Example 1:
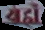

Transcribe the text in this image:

यहां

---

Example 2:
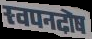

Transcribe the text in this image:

स्वपनदोष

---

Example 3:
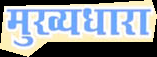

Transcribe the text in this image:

मुख्यधारा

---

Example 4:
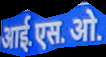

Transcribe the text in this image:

आई.एस.ओ.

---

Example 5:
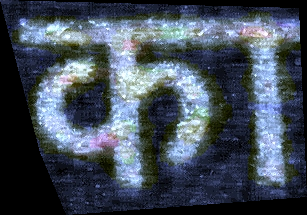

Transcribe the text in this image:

का